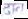
दान